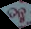
ତନ୍ମ